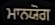
ਮਾਨਯੋਗ